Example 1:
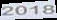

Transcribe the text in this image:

2018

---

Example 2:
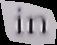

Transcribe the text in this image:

in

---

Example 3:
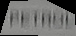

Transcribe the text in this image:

PETROL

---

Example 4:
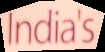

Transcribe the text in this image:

India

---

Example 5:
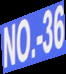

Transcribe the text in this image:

NO.-36